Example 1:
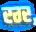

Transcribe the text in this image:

ਦਰਦ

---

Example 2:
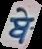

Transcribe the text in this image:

ਬੇ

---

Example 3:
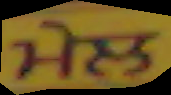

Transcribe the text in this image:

ਮੇਲ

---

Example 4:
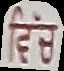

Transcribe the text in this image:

ਵਿਂਚ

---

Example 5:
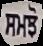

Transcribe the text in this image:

ਸਮਝੋ